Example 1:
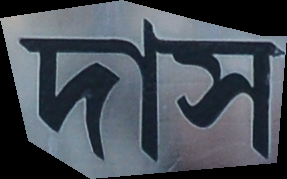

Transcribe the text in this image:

দাস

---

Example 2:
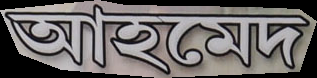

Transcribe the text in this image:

আহমেদ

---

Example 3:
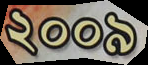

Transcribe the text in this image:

২০০৯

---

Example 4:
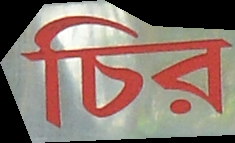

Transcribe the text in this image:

চির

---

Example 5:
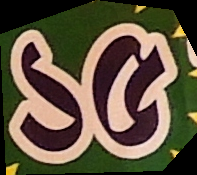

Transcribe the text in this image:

১৫